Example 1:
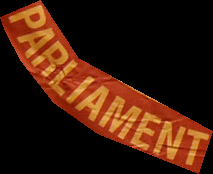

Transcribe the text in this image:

PARLIAMENT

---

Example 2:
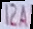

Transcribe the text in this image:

12A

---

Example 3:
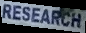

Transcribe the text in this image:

RESEARCH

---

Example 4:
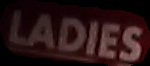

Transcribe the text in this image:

LADIES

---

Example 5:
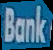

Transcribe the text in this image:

Bank